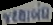
જથ્થાબંધ